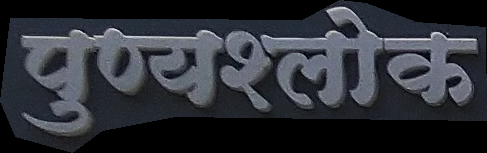
पुण्यश्लोक